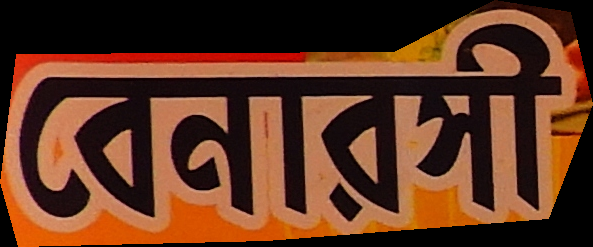
বেনারসী